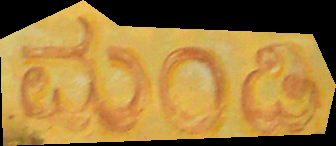
ಮಂಡಿ